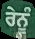
ਰੇਨੂੰ